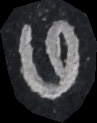
७